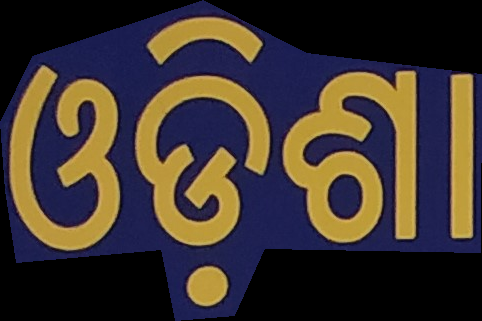
ଓଡ଼ିଶା